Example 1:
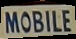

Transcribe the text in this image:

MOBILE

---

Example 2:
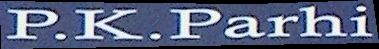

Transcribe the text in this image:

P.K.Parhi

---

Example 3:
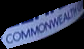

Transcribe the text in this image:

COMMONWEALTH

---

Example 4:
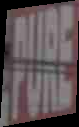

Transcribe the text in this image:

PURE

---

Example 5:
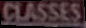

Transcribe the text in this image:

CLASSES